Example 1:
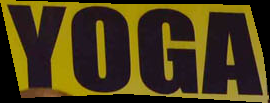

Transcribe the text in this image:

YOGA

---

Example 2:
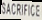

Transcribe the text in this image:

SACRIFICE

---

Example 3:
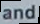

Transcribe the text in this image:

and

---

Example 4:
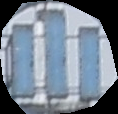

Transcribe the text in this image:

III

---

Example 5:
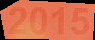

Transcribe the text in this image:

2015